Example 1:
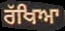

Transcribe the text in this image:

ਰੱਖਿਆ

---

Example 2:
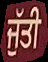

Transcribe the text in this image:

ਜੁੱਤੀ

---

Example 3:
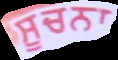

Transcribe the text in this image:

ਸੂਚਨਾ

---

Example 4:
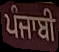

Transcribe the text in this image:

ਪੰਜਾਬੀ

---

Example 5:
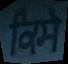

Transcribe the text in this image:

ਕਿਸੇ